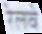
रेलवे